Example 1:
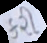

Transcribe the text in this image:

કરી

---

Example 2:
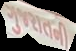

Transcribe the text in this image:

ગુજરાતની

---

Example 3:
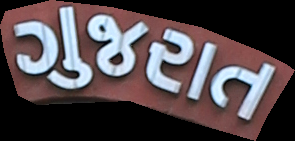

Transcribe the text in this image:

ગુજરાત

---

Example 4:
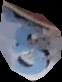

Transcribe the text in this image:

ક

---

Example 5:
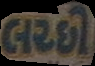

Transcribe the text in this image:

લચ્છી